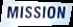
MISSION